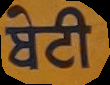
ਬੇਟੀ